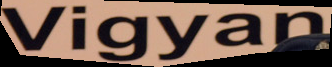
Vigyan